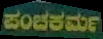
ಪಂಚಕರ್ಮ